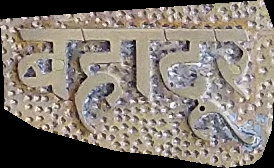
बहादूर